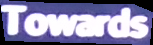
Towards